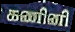
கணினி